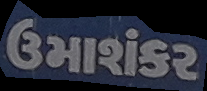
ઉમાશંકર